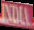
INDIA